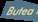
Butea